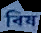
বিষ